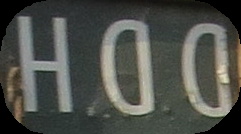
DDH